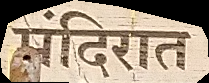
मंदिरात